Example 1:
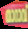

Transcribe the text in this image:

താറാവ്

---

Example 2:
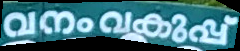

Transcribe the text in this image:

വനംവകുഷ്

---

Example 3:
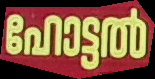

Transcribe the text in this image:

ഹോട്ടൽ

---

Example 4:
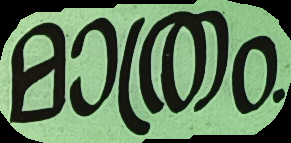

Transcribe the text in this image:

മാത്രം.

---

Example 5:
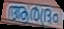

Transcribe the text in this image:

ആരദ്രം